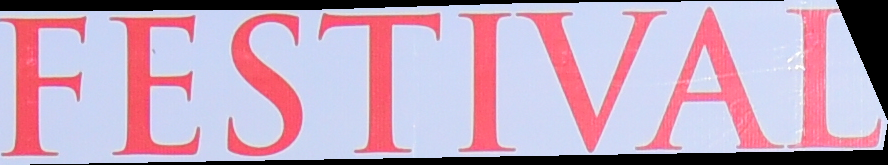
FESTIVAL